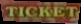
TICKET